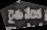
రైతు వేదిక